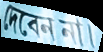
দেবেন না।